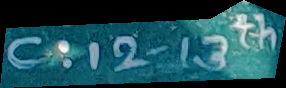
C:12-13th